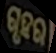
ଗୃହତ